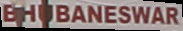
BHUBANESWAR